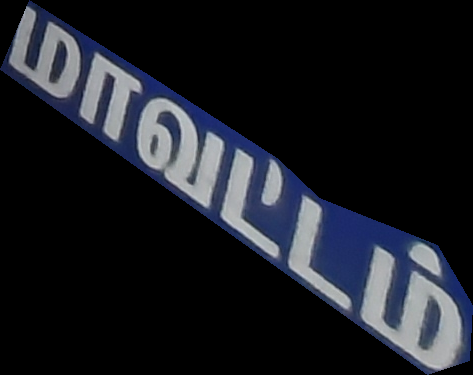
மாவட்டம்